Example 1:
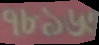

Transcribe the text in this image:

৭৮১৬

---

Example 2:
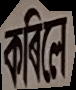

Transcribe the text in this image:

কৰিলে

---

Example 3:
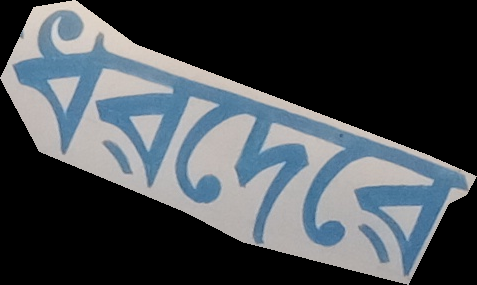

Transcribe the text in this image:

ধৱদেৱে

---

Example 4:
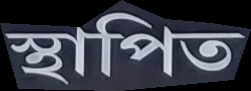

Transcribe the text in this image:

স্থাপিত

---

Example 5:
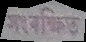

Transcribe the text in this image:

সংৰক্ষিত